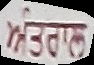
ਅੰਤਰਾਲ